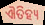
ଐତିହ୍ୟ